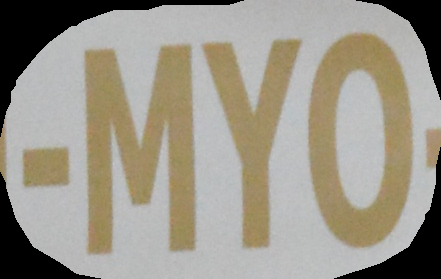
-MYO